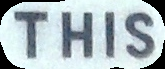
THIS